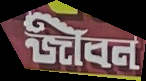
জীবন